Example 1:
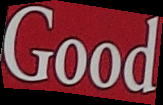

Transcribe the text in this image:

Good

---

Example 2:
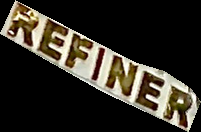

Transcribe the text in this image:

REFINER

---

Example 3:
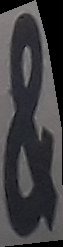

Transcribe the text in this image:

&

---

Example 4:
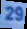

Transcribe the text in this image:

29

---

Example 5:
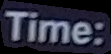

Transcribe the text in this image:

Time: